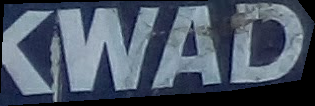
KWAD